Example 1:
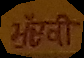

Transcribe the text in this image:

ਮੁੱਚਈ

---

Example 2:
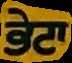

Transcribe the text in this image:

ਭੇਟਾ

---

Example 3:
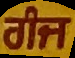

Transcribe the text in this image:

ਗੰਜ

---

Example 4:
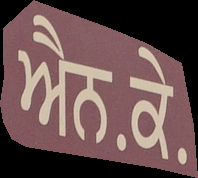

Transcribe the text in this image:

ਐਨ.ਕੇ.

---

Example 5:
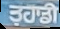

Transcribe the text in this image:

ਤਹਡੀ